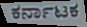
ಕರ್ನಾಟಕ